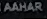
AAHAR